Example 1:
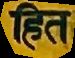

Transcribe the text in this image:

हित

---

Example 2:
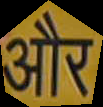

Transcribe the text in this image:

और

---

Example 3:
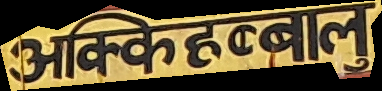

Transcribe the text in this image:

अक्किहब्बालु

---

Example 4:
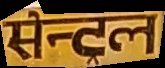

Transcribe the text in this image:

सेन्ट्रल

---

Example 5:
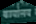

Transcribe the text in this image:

कार्यालय